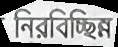
নিরবিচ্ছিন্ন